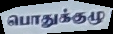
பொதுக்குழு